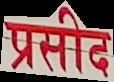
प्रसीद